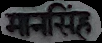
मानसिंह